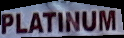
PLATINUM